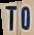
TO